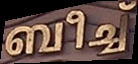
ബീച്ച്